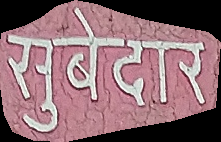
सुबेदर